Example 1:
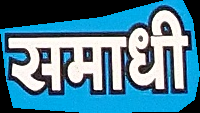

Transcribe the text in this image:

समाधी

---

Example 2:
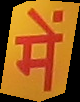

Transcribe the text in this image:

में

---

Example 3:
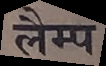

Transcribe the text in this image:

लैम्प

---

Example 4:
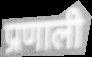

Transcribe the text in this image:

प्रणाली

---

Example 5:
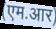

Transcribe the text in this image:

एम॰आर